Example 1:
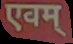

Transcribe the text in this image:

एवम्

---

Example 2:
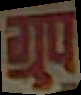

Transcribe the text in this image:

ग्रुप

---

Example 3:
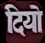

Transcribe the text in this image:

दियो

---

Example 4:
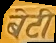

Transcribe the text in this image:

बेटी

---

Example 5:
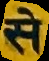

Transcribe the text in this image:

से